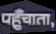
पहुँचाता,